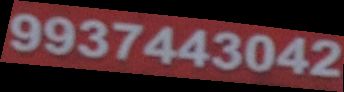
9937443042